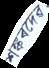
শঙ্কৰদেৱ